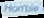
Honble